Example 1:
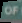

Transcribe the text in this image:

OF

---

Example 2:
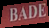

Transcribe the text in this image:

BADE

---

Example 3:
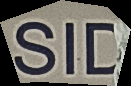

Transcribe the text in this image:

SID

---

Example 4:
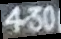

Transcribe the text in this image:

430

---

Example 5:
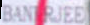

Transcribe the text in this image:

BANRJEE